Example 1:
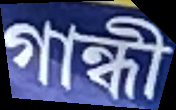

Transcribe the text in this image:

গান্ধী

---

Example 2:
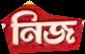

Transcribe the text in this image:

নিজ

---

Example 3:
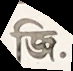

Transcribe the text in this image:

জি.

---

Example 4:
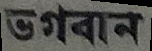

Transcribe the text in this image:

ভগবান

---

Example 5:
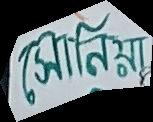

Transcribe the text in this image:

সোনিয়া